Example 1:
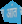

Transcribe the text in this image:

आंत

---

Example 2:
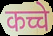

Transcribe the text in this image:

कच्चे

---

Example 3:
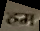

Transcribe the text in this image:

हम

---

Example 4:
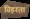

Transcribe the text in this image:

विड़रता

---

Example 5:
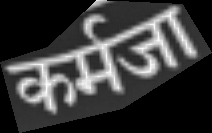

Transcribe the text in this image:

कर्मजा